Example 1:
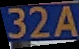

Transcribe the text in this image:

32A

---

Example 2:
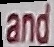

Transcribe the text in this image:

and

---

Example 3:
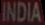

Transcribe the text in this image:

INDIA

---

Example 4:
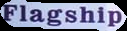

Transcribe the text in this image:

Flagship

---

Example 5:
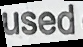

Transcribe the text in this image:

used